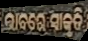
ଭାବରେ ସାଇତି